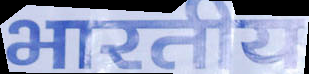
भारतीय